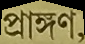
প্রাঙ্গণ,